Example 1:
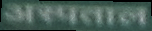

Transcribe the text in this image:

अस्पताल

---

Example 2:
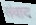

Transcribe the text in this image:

सेवाद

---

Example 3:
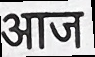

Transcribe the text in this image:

आज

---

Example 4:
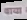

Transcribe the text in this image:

वाया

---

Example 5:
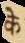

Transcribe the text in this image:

के